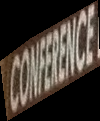
CONFERENCE